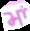
ਮਾਂ